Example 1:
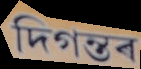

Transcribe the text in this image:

দিগন্তৰ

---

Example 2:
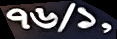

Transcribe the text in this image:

৭৬/১,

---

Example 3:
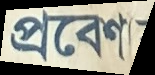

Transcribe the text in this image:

প্রবেশ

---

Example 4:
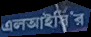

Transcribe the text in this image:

এলআইসি'র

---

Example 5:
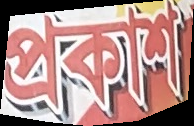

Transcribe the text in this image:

প্রকাশ